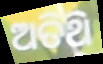
ଅତିଥି